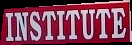
INSTITUTE